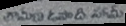
గ్రామీణ ఉపాధి హామీ